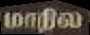
மாநில